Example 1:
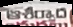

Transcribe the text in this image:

ఆశీర్వాద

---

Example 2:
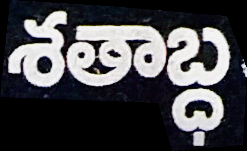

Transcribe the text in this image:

శతాబ్ధ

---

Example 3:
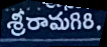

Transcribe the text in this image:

శ్రీరామగి8,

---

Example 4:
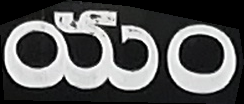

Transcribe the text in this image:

యం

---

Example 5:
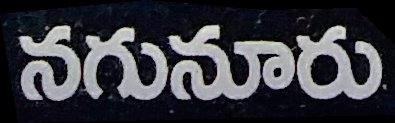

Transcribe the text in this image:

నగునూరు